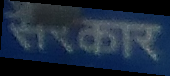
सरकार